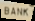
BANK